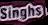
Singhs